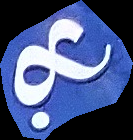
४.